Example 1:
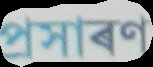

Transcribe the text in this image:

প্ৰসাৰণ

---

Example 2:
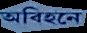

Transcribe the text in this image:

অবিহনে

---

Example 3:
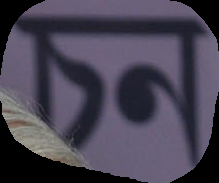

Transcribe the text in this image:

চন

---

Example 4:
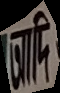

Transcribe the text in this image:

আদি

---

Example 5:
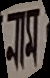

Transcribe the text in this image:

নাম